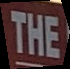
THE